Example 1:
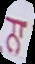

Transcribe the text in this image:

ਨਾ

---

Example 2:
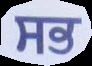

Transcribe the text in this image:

ਸਭ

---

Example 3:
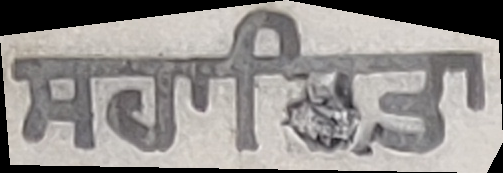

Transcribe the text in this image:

ਸਹਾਇਤਾ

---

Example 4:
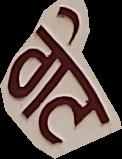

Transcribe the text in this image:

ਗੇਟ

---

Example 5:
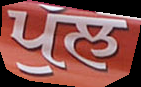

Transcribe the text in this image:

ਪੁਲ